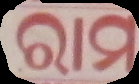
ରାମ